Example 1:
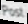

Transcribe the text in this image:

Post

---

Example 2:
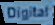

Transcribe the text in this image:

Digital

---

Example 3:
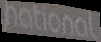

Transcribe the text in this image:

national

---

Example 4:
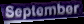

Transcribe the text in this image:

September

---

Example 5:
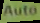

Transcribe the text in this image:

Auto